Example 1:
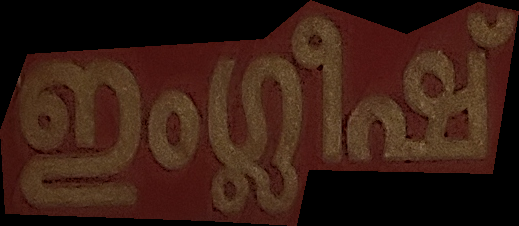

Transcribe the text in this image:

ഇംഗ്ലീഷ്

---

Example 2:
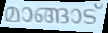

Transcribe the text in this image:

മാങ്ങാട്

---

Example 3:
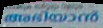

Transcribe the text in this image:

അഭിയാൻ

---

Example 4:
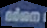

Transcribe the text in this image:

ദർശന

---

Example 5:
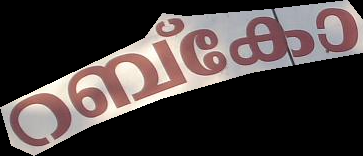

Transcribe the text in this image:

റബ്‌കോ